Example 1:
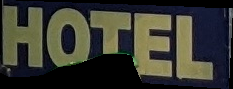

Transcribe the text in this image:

HOTEL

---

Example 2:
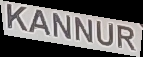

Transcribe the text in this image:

KANNUR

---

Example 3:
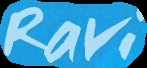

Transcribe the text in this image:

Ravi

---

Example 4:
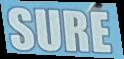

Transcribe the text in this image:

SURE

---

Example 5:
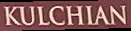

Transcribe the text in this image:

KULCHIAN